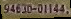
94630-01144,